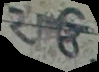
ਪਾਓ